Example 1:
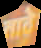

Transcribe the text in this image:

ताठे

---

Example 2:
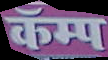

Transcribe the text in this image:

कॅम्प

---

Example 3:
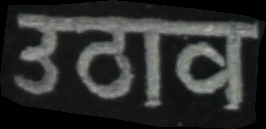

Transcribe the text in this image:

उठाव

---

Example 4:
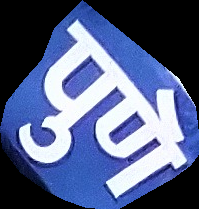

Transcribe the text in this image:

पुणे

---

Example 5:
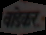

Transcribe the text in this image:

वाडेकर